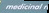
medicinal